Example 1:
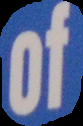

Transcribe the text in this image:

of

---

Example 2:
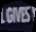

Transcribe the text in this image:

GIVES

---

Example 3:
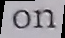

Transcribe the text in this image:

on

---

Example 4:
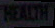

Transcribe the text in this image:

HEALTH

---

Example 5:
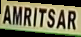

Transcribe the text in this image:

AMRITSAR